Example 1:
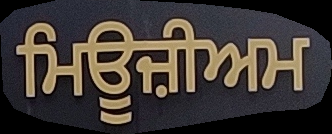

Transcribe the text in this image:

ਮਿਊਜ਼ੀਅਮ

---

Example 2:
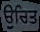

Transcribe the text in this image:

ਉਰਿਤ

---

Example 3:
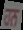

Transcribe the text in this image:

ਹਨਂ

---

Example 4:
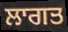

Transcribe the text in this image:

ਲਾਗਤ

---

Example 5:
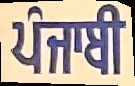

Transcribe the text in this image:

ਪੰਜਾਬੀ